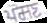
ਪੋਸ਼ਣ